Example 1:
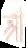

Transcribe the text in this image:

श्री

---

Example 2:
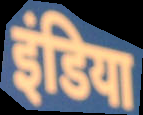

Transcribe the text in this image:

इंडिया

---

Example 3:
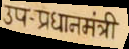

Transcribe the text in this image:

उप-प्रधानमंत्री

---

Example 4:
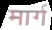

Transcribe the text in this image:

मार्ग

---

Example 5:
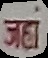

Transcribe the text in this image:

जहां